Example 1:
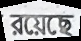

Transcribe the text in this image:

রয়েছে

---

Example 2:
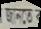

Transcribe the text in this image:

জানতে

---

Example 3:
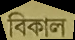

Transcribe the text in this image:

বিকাল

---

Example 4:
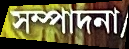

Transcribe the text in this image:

সম্পাদনা/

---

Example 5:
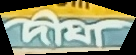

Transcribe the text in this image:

দীঘা